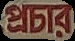
প্রচার